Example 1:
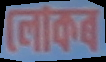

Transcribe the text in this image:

লোকৰ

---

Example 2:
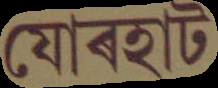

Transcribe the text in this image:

যোৰহাট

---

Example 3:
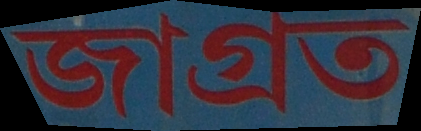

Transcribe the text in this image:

জাগ্রত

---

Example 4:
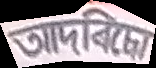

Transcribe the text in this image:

আদৰিচো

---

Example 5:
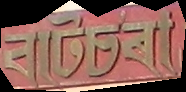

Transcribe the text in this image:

বাটচৰী